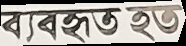
ব্যবহৃতহত